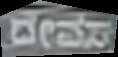
ದೇವಸ